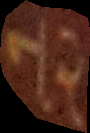
નર